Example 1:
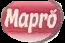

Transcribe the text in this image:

Mapro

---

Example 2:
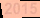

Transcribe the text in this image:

2015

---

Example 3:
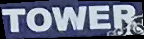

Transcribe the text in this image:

TOWER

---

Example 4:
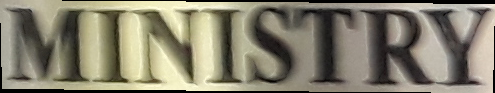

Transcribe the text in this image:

MINISTRY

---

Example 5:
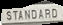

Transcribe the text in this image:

STANDARD